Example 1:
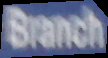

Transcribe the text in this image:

Branch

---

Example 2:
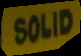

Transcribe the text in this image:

SOLID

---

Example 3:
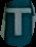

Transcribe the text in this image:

T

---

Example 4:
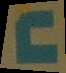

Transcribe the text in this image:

n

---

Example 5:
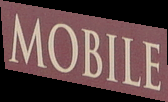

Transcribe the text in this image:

MOBILE